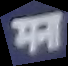
मना